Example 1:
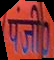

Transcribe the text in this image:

पंजी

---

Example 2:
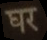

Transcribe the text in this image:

घर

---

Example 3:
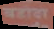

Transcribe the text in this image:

बड़ौदा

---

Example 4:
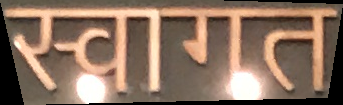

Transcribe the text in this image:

स्वागत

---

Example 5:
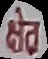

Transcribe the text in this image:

क्षेत